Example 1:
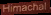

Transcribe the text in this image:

Himachal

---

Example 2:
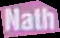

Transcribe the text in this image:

Nath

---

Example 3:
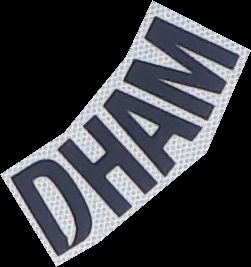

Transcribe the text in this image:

DHAM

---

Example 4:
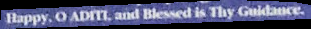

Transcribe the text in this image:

Happy. O ADITI, and Blessed is Thy Guidance.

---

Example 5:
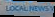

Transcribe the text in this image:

LOCALNEWS